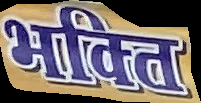
भक्‍ति